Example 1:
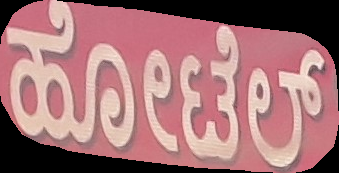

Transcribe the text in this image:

ಹೋಟೆಲ್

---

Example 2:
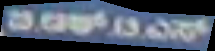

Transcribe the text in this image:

ಬಿ.ಆರ್.ಟಿ.ಎಸ್.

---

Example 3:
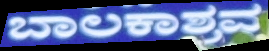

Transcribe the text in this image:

ಬಾಲಕಾಶ್ರವ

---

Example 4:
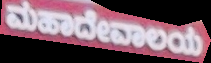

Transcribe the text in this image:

ಮಹಾದೇವಾಲಯ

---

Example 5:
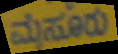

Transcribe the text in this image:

ಮೈಸೂರು